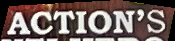
ACTION